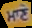
ਮਾਣੇ